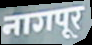
नागपूर